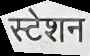
स्टेशन